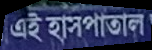
এই হাসপাতাল